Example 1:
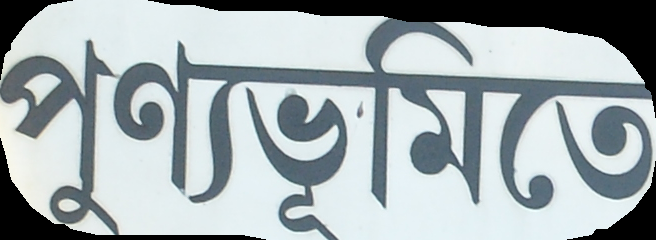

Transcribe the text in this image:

পুণ্যভূমিতে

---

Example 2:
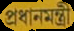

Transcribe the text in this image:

প্ৰধানমন্ত্ৰী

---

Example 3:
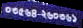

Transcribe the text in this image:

০৩৫৬৪-২৬০০৬১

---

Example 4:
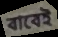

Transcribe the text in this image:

বাবেই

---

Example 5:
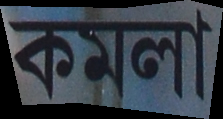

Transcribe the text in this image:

কমলা